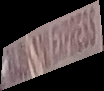
RAISANIEXPRESS